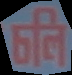
চলি